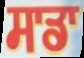
ਸਾਡਾ